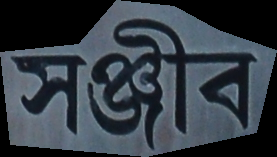
সঞ্জীব